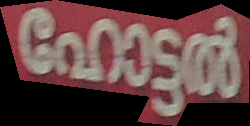
ഹോട്ടൽ